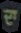
ਦਾ